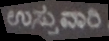
ಉಸ್ತುವಾರಿ